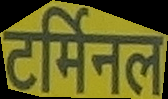
टर्मिनल